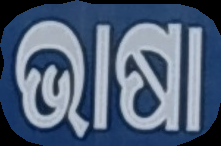
ଭାଷା